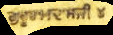
ਗੁਰੂਹਮਦਾਸਜੀ ४